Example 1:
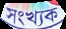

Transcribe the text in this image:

সংখ্যক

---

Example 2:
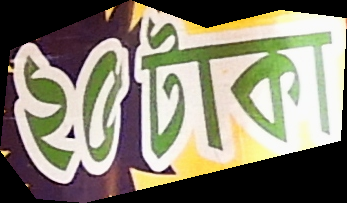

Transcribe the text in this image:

২৫টাকা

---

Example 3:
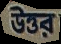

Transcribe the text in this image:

উত্তর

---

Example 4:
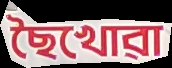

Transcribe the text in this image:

ছৈখোৱা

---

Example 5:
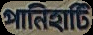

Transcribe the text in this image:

পানিহটি